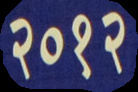
२०१२